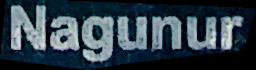
Nagunur